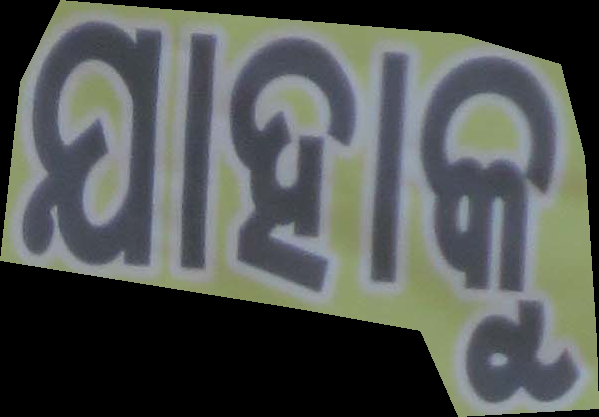
ଯାହାକୁ